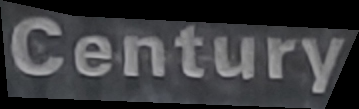
Century